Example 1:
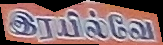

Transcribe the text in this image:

இரயில்வே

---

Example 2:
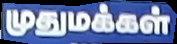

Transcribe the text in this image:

முதுமக்கள்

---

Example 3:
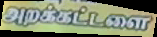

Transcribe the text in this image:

அறக்கட்டளை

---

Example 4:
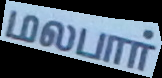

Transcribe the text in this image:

மலபாா்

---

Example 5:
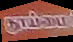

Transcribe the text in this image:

குதூய்மை